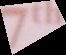
7th